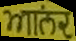
ਆਨੰਦ